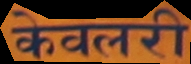
केवलरी